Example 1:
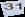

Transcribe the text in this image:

31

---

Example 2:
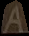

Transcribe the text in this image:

A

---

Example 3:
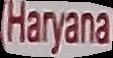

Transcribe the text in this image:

Haryana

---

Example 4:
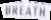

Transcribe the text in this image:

BREATH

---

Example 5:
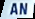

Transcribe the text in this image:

AN